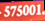
575001